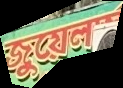
জুয়েল